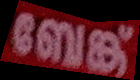
ബേങ്ക്